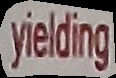
yielding